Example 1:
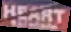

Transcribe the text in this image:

HEART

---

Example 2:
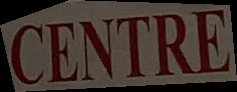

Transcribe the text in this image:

CENTRE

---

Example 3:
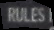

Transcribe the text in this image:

RULES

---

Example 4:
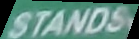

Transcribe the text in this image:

STANDS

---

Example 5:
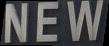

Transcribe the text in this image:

NEW